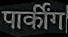
पार्कींग